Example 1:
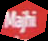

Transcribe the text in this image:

Majhi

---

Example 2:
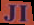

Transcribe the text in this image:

JI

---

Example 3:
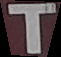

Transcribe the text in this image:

T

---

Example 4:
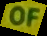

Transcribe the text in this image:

OF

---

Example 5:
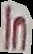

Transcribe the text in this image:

In